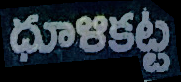
ధూళికట్ట